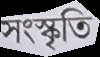
সংস্কৃতি